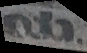
ಯ.